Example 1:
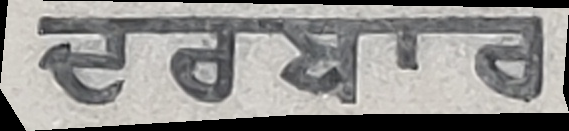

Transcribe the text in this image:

ਦਰਬਾਰ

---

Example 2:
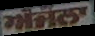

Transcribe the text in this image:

ਅੇਜਲਾ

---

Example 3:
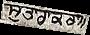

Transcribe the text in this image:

ਸੁਤਾਰਾਕਰਾ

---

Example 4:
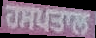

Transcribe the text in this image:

ਹਸਪਤਾਲ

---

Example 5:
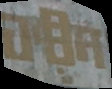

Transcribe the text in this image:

ਹਾਊਸ